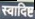
स्वादिष्ट